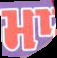
ਮਾ